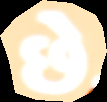
છે